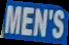
MEN